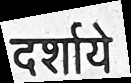
दर्शाये